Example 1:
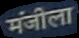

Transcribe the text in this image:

मंजीला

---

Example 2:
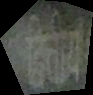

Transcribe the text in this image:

द्वितीय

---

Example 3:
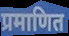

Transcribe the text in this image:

प्रमाणित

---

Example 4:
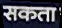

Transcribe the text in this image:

सकता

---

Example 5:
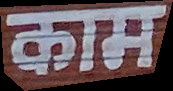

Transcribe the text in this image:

काम